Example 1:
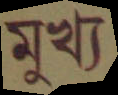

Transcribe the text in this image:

মুখ্য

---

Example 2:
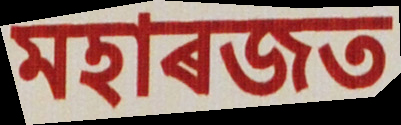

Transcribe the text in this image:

মহাৰজত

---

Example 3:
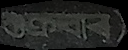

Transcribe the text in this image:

শুক্রবার)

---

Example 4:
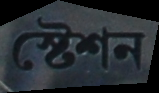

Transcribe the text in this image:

স্টেশন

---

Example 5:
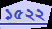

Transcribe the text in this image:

১৫২২